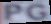
PG